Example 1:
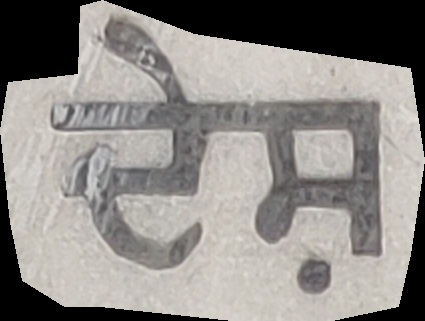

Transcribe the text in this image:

ਦੇਸ਼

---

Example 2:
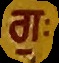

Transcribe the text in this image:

ਗੁਃ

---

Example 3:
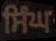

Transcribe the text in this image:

ਸਿੰਘ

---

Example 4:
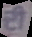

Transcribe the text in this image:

ਦੀ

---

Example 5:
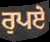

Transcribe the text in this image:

ਰੁਪਏ